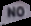
NO